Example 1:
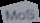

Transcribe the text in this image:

MoS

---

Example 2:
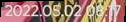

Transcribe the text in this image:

2022.05.02 08.17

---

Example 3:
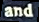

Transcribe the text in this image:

and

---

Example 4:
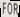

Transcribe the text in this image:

FOR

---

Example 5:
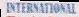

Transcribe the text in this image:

INTERNATIONAL